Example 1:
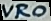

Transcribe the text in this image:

VRO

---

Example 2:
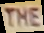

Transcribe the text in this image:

THE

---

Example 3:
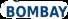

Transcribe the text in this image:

BOMBAY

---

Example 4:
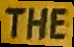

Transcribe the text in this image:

THE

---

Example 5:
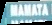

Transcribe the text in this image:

MAMATA